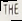
THE